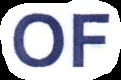
OF